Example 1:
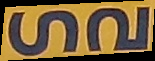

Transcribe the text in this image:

ഗവ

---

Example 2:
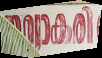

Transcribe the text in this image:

വാകരി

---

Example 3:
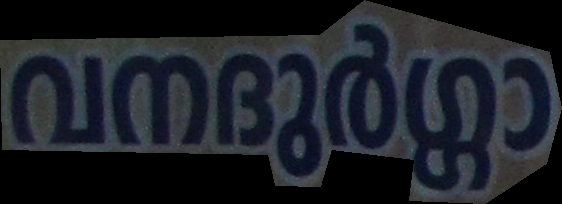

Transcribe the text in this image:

വനദുർഗ്ഗാ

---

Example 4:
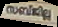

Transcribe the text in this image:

സബ്‍ജില്ല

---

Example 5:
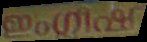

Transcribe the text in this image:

ഇംഗ്ലീഷ്